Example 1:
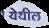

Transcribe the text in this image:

येथील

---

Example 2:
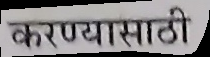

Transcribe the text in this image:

करण्यासाठी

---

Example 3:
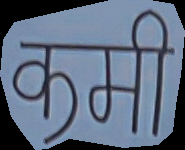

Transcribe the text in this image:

कमी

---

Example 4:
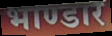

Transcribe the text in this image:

भाण्डार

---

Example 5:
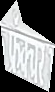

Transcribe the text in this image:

फ्रॅक्चर